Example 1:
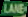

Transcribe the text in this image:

LANE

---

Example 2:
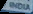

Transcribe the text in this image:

INDIA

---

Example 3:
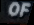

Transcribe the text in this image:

OF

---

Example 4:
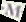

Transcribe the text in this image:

M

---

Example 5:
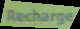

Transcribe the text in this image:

Recharge